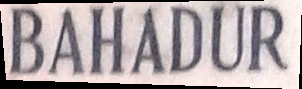
BAHADUR